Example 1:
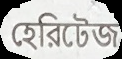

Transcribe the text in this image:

হেরিটেজ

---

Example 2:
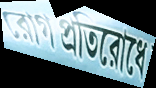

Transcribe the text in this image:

রোগ প্রতিরোধে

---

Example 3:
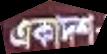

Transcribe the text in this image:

একাদশ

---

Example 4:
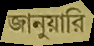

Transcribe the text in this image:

জানুয়ারি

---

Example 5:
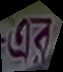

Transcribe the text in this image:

এর